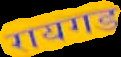
रायगड